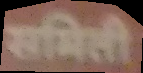
समिती